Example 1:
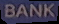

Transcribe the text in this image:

BANK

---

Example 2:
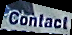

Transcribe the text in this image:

Contact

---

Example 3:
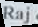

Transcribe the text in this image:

Raj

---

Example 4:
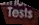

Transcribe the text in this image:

Tests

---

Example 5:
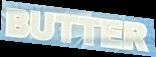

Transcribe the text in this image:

BUTTER